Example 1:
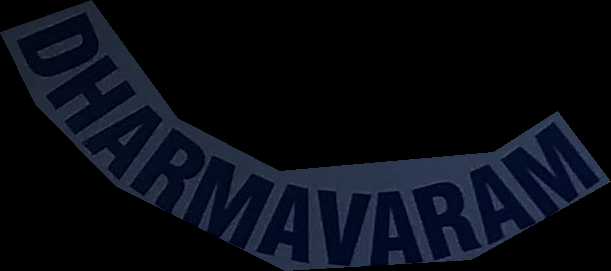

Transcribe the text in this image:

DHARMAVARAM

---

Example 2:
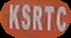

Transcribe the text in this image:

KSRTC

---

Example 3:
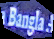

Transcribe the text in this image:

Bangla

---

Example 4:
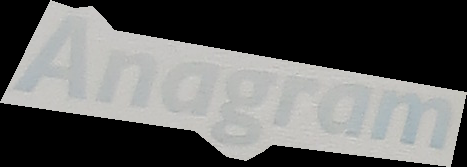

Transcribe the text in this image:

Anagram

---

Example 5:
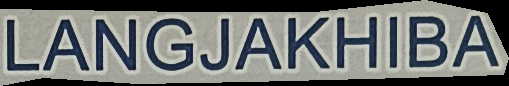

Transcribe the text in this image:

LANGJAKHIBA